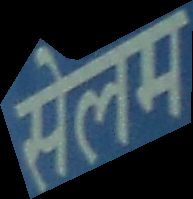
सेलम